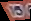
15